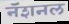
नॅशनल